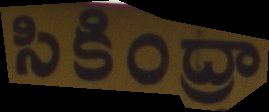
సికింద్రా